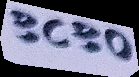
९८९०